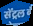
सेंट्रल